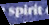
spirte